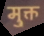
मुक्त